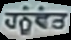
ਹਨੂੰਰਂਤ